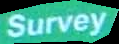
Survey